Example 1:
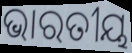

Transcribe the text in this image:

ଭାରତୀୟ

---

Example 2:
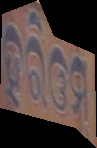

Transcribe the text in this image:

ହବିଓମ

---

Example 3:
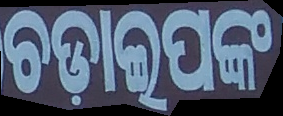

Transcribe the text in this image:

ଚଡ଼ାରୂପଙ୍କ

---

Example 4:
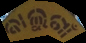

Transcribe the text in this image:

ବାଲୁଗାଁ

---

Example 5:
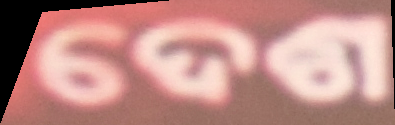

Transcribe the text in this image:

ଦେଣ